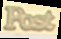
Post